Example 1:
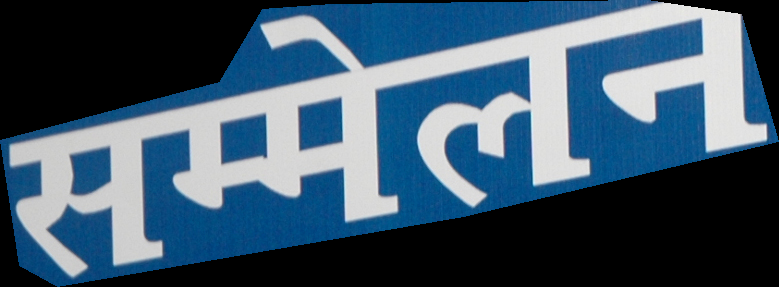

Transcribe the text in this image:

सम्मेलन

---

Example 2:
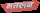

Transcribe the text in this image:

मतलब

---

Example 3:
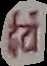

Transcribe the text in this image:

ईटो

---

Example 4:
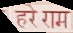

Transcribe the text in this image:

हरे राम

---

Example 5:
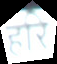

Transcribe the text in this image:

हरि